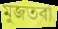
মুজতবা